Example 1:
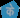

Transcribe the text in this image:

के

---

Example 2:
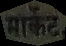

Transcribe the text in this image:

मार्केट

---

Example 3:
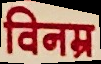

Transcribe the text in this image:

विनम्र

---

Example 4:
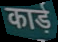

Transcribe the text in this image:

कार्ड़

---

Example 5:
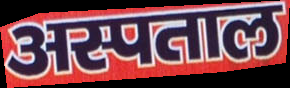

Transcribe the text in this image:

अस्पताल